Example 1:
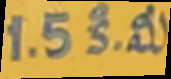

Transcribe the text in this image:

1.5క.మ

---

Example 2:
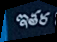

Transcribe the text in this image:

ఇతర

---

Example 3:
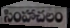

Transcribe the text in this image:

సింహాచలం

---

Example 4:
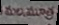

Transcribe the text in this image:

మలమూత్ర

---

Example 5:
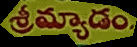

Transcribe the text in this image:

శ్రీమ్యాడం